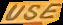
USE